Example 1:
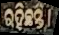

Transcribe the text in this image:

ରହିଛନ୍ତି ।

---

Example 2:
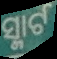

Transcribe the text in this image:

ସ୍ମାର୍ଟ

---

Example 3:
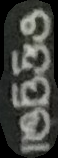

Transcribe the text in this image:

ଚନ୍ଦ୍ରପ୍ରଭା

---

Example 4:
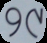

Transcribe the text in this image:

୨୯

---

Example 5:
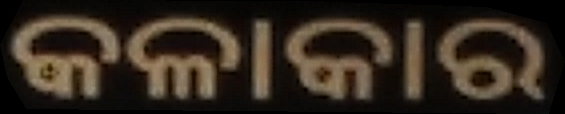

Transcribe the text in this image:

କଳାକାର